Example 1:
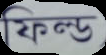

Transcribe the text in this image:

ফিল্ড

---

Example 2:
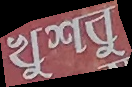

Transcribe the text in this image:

খুশবু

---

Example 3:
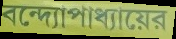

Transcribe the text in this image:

বন্দ্যোপাধ্যায়ের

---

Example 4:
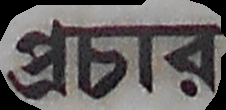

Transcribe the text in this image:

গ্রচার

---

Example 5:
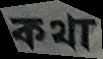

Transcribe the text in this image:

কথা